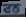
ਟਠ